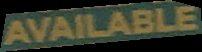
AVAILABLE